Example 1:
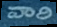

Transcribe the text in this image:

వారి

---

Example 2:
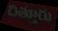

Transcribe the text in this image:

చిత్తూరు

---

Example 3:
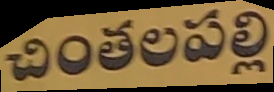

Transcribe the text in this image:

చింతలపల్లి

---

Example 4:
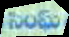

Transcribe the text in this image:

సింఘ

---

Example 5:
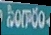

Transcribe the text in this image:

సింగారం